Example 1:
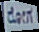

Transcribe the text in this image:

ರೋಗ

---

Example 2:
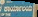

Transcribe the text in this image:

ಕಾರ್ಯಾಲಯ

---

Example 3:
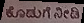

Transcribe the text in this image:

ಕೊಡುಗನೀಡಿ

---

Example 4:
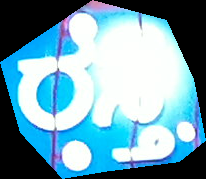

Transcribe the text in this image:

ರಸ್ತ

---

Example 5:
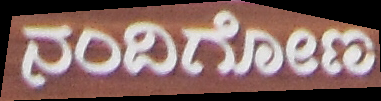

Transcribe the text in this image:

ನಂದಿಗೋಣ